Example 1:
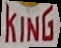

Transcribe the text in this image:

KING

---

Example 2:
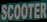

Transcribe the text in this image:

SCOOTER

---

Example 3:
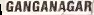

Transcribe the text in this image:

GANGANAGAR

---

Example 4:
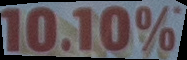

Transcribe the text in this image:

10.10%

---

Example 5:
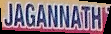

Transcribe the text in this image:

JAGANNATHI